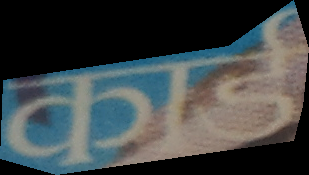
कार्ड